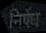
निषेध